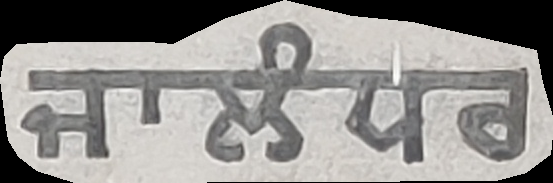
ਜਾਲੰਧਰ